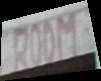
ROOM